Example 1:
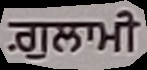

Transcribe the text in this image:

ਗ਼ੁਲਾਮੀ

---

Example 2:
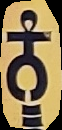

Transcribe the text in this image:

ਨੂੰ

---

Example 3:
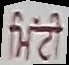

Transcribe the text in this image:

ਮਿਂਟੀ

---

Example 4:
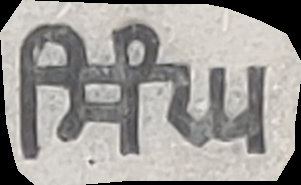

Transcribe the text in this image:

ਸਿੰਘ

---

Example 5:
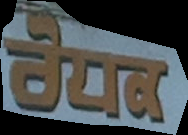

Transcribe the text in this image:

ਰੋਧਕ